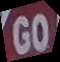
GO